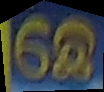
ଛେ